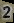
2